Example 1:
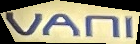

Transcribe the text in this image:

VANI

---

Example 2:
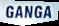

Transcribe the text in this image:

GANGA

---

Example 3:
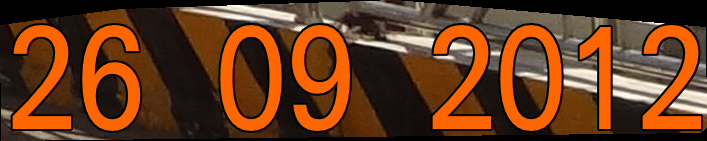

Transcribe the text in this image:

26092012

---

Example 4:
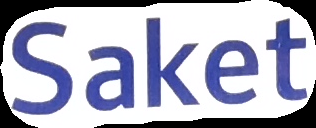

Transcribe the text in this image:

Saket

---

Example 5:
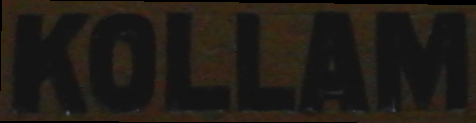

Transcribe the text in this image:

KOLLAM